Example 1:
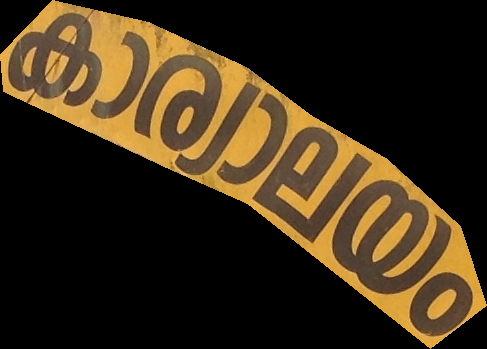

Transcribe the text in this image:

കാര്യാലയം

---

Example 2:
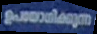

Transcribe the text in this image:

ഉപയോഗിക്കുന്ന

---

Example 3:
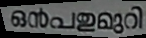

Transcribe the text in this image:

ഒൻ‌പഇമുറി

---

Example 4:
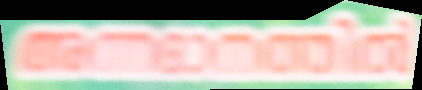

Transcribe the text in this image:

അന്നദാനത്തിൽ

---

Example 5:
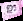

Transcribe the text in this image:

ഈ